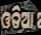
ଓତିଆ